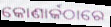
କୋଣାର୍କଠାରେ